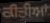
ਕੀਤੀਆ